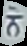
ਨੇ